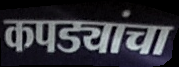
कपड्यांचा